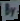
By